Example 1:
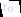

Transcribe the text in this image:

To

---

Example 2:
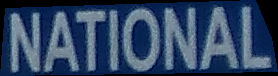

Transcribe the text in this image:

NATIONAL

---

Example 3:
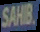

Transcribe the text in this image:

SAHIB.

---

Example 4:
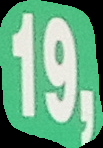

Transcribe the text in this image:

19,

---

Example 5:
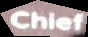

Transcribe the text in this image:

Chief